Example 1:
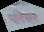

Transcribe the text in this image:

परिसर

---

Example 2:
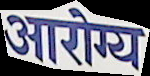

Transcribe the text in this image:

आरोग्य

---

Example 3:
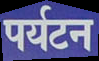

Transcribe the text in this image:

पर्यटन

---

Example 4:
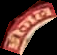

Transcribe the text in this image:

डीजल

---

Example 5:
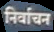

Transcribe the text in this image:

निर्वाचन